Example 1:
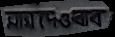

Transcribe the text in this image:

মারদেওব্যব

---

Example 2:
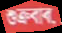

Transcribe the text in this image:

শুক্ৰবাৰ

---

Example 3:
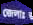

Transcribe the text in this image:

জেলাঃ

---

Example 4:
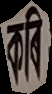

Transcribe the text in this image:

কৰি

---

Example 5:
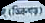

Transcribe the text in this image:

(ডিব্ৰুগড়)